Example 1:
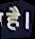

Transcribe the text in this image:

है।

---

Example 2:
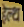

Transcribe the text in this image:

हेल्थ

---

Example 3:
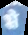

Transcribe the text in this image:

से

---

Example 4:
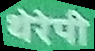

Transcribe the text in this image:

थेरेपी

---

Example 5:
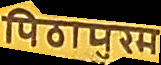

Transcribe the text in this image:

पिठापुरम